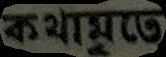
কথামৃতে